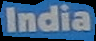
India